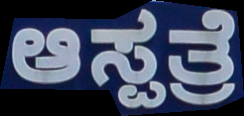
ಆಸ್ಪತ್ರ